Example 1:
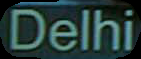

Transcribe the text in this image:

Delhi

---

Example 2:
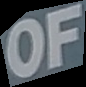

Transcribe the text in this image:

OF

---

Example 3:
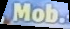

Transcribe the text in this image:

Mob.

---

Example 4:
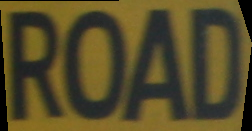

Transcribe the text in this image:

ROAD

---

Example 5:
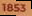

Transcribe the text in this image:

1853